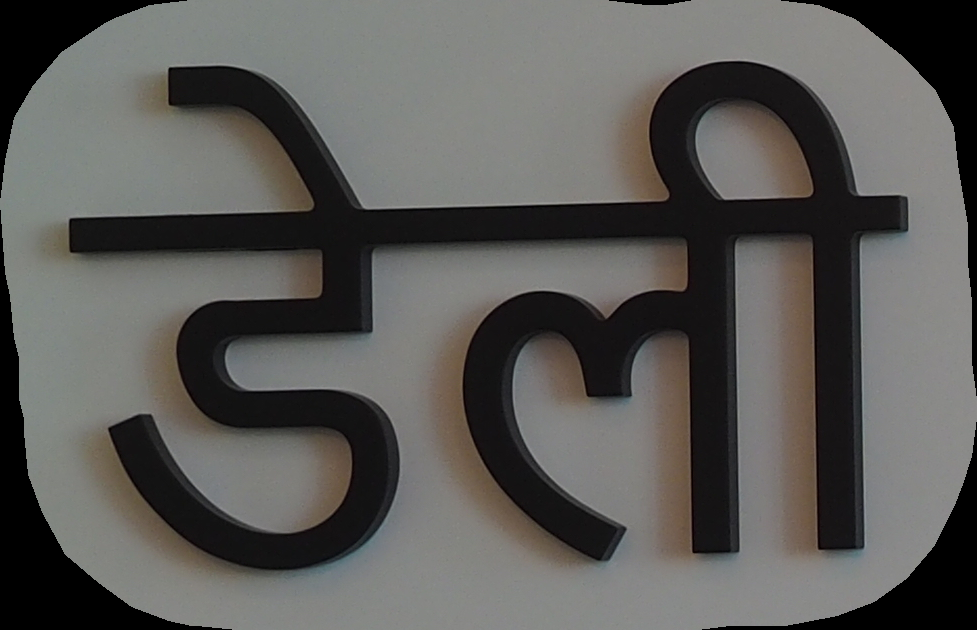
डेली